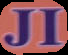
JI